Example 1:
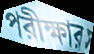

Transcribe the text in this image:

পরীক্ষার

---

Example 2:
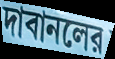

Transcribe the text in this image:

দাবানলের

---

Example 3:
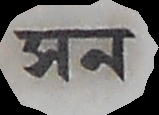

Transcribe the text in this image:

সন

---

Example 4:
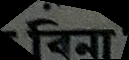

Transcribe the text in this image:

বিনা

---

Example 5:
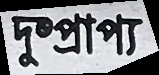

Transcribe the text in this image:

দুষ্প্রাপ্য